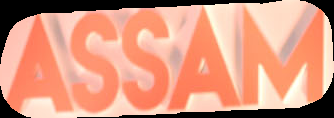
ASSAM